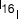
16